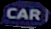
CAR